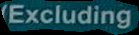
Excluding